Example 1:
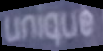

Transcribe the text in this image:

unique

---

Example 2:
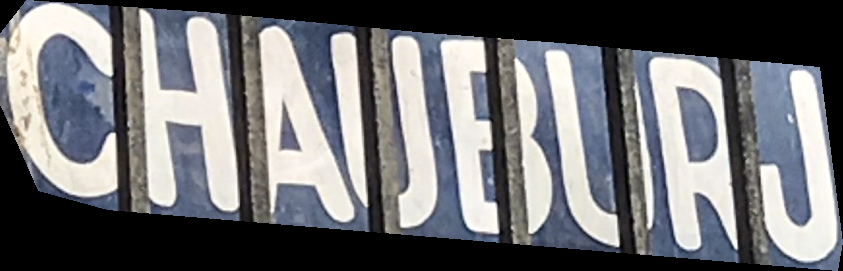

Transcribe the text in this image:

CHAUBURJ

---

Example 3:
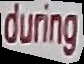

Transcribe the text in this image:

during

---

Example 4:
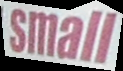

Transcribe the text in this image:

small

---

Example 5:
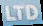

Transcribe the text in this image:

LTD